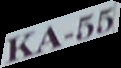
KA-55